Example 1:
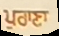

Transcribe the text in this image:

ਪੁਰਾਣ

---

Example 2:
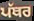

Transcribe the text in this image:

ਪੱਥਰ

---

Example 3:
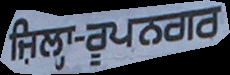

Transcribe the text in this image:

ਜਿਲ੍ਹਾ-ਰੂਪਨਗਰ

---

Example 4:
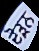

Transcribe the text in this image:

ਦੋੜਨ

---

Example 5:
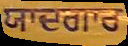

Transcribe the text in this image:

ਯਾਦਗਾਰ